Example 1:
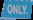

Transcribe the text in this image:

ONLY.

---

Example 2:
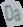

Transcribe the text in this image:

Da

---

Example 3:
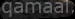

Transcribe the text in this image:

qamaal,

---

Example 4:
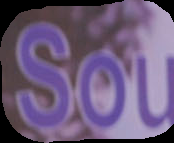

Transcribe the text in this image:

Sou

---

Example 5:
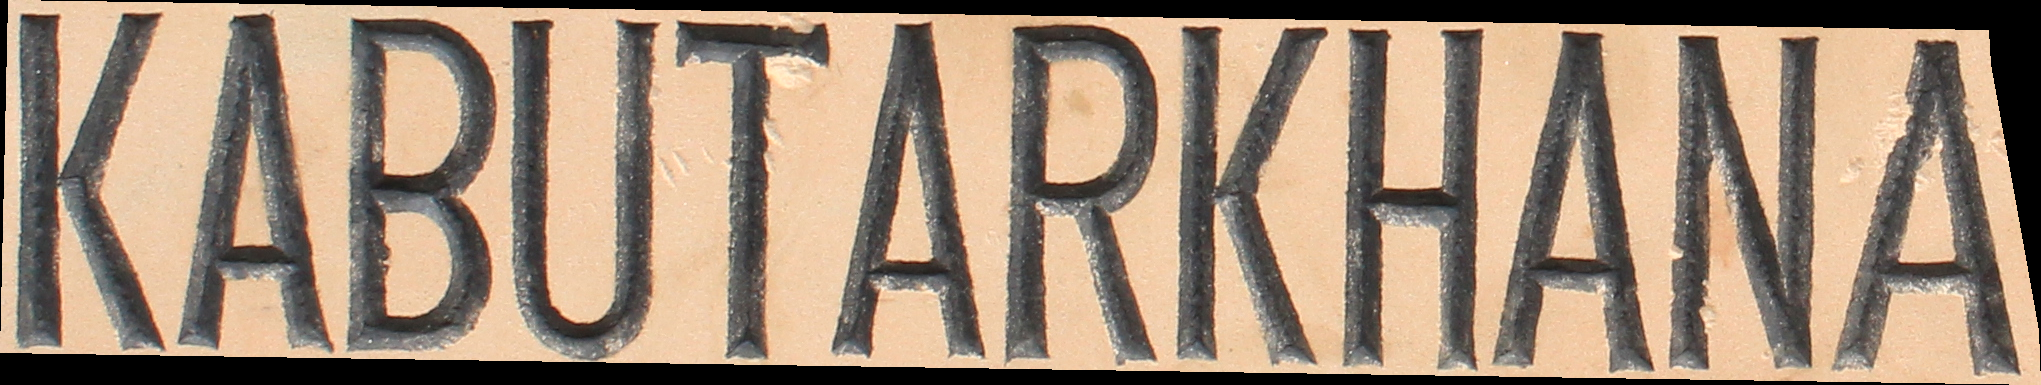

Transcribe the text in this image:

KABUTARKHANA